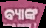
ବ୍ୟାଙ୍କ